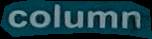
column